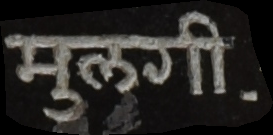
मुलगी.